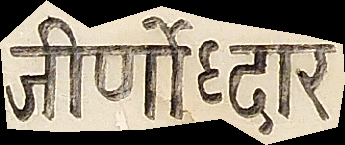
जीर्णोध्दार